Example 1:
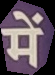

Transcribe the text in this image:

में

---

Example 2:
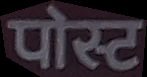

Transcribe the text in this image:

पोस्ट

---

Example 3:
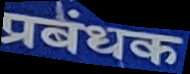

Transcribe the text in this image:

प्रबंधक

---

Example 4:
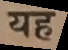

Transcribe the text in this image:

यह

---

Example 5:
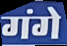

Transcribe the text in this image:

गंगे